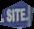
SITE